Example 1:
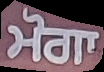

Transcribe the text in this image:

ਮੋਗਾ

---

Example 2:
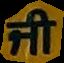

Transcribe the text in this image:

ਜੀ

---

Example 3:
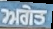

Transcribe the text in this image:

ਅਗੇਤ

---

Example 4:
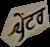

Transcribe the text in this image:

ਜੇਂਟਰ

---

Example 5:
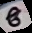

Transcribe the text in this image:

ੳ